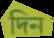
দিন